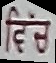
ਵਿਂਚ